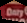
Day